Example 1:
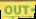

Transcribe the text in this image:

OUT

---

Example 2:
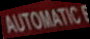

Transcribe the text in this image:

AUTOMATIC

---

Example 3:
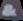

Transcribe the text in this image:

&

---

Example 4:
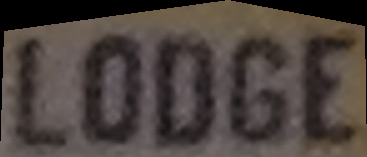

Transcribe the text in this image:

LODGE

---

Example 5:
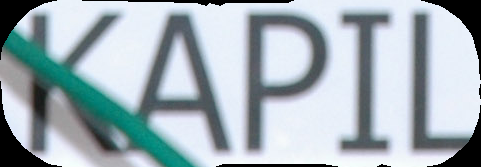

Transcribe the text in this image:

KAPIL